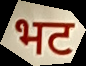
भट